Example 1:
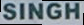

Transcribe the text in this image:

SINGH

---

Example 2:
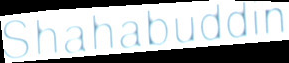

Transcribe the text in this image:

Shahabuddin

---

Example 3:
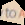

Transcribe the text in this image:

to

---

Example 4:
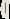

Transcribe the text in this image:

I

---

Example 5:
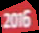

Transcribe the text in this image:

2016